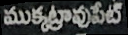
ముక్కట్రావుపేట్